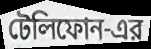
টেলিফোন-এর